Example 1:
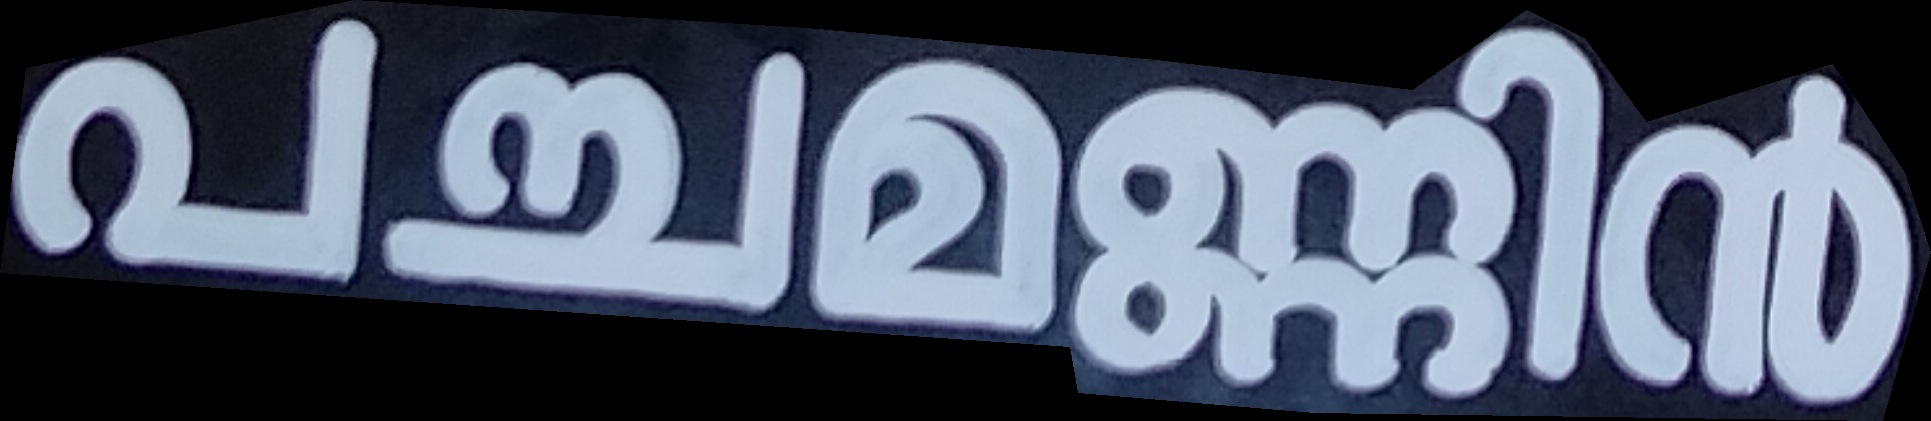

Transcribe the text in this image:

പചമണ്ണിൻ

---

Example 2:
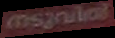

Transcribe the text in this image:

നടുവിൽ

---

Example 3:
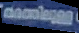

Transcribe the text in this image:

തരത്തിലുള്ള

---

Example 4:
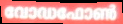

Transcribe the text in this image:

വോഡഫോൺ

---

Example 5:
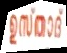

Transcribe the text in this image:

ഉസ്‌താദ്